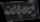
ಎಲೆಕಿಕಲ್ಸ